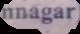
nnagar